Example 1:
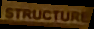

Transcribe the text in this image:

STRUCTURE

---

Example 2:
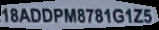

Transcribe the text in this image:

18ADDPM8781G1Z5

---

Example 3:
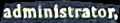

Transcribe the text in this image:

administrator,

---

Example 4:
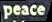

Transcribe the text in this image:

peace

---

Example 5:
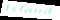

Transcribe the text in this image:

Island